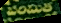
పరిమిత